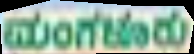
ಮಂಗಳೂರು